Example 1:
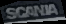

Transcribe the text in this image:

SCANIA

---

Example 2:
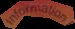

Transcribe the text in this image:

Information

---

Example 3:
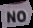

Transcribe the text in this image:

NO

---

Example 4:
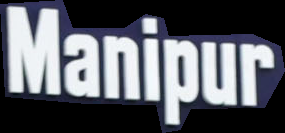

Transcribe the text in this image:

Manipur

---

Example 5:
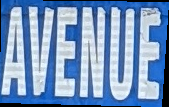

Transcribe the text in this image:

AVENUE